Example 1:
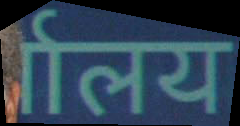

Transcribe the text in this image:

लय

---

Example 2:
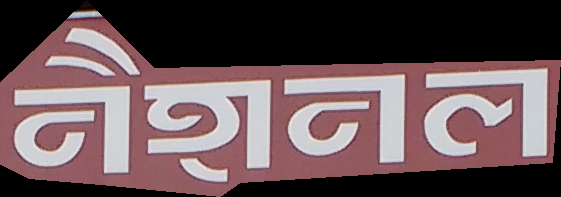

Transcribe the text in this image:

नैशनल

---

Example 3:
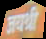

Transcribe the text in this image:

जयश्री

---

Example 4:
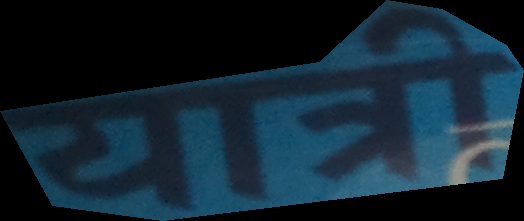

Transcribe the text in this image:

या‌त्री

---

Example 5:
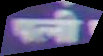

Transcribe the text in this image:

पत्नी